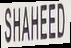
SHAHEED